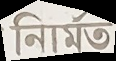
নির্মিত